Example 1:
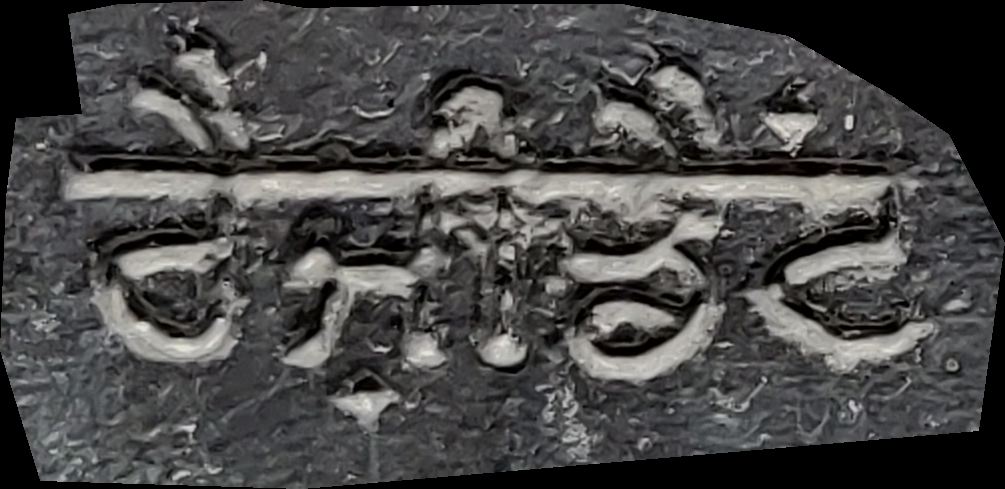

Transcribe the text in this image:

ਰੈਜ਼ੀਡੈਂਟ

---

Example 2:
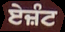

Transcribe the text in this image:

ਏਜ਼ੰਟ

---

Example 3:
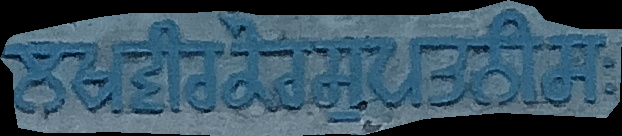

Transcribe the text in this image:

ਲਖਵੀਰਕੇਰਸੁਪਤਨੀਸਃ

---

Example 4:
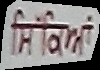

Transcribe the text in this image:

ਸਿੱਕਿਆਂ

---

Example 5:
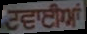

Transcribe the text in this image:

ਟਵਾਈਆਂ